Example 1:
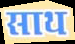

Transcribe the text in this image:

साथ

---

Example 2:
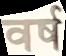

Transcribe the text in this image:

वर्ष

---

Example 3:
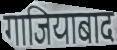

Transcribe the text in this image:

गाजियाबाद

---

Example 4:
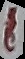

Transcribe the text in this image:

र्है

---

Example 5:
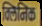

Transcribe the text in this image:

क्लिनिक